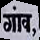
गांव,